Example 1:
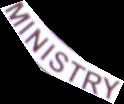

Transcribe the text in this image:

MINISTRY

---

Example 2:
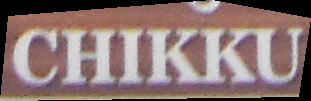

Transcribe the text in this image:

CHIKKU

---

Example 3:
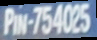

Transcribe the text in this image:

PIN-754025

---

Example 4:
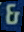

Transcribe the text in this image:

&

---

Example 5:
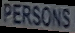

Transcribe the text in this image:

PERSONS